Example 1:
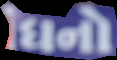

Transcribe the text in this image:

ધનો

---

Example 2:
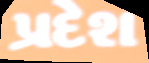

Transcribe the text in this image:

પ્રદેશ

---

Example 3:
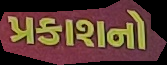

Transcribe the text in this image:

પ્રકાશનો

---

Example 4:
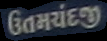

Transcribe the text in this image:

ઉતમચંદજી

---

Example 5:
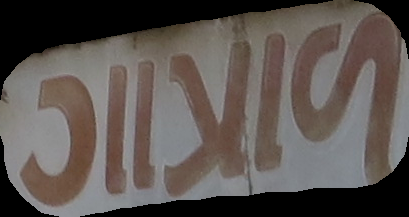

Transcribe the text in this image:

ગાત્રાળ